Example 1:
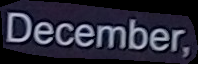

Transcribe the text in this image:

December,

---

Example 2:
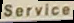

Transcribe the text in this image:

Service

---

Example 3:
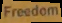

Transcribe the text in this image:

Freedom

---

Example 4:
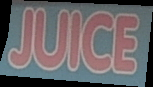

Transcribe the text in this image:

JUICE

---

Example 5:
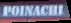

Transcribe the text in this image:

POINACHI